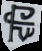
ਵਹਿ